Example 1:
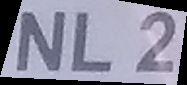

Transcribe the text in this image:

NL2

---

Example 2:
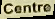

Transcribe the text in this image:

Centre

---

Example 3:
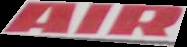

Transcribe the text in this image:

AIR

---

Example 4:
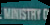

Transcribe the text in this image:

MINISTRY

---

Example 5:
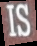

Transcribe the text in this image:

IS